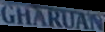
GHARUAN